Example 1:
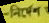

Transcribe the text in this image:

- নির্দেশ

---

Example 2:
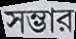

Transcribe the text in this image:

সম্ভার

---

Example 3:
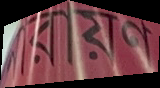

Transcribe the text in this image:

রায়ণ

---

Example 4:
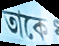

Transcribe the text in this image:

তাকে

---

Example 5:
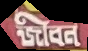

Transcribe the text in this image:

জীবন